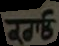
ਕਰਾਓ